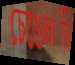
চেডেল